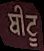
ਬੀਟੂ